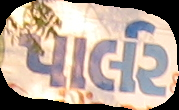
પાર્લર